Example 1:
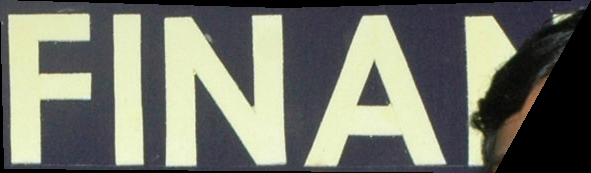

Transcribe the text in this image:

FINA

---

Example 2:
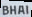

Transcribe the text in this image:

BHAI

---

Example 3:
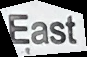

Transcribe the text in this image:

East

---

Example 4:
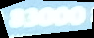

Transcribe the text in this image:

83000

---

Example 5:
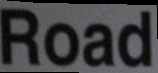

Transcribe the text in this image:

Road